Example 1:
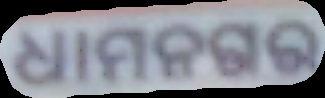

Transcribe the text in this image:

ଧାମନଗର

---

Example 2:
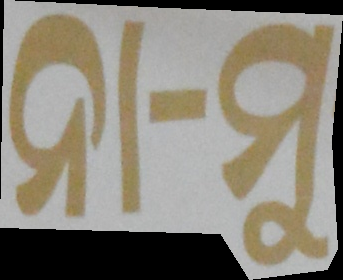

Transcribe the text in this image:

ନା-ମୁ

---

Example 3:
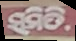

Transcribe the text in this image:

ସମିତି.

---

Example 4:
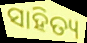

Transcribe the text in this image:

ସାହିତ୍ୟ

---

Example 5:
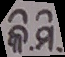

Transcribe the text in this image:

କି.ମି.